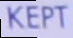
KEPT